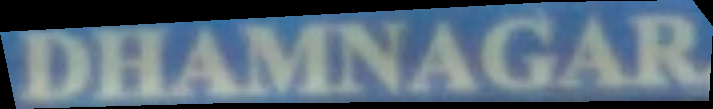
DHAMNAGAR